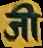
जी